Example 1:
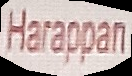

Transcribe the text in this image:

Harappan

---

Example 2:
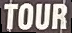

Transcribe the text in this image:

TOUR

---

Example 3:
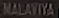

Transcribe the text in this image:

MALAVIYA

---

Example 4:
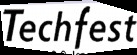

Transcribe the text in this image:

Techfest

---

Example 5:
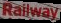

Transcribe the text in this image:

Railway